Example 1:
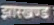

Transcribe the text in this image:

झारखण्ड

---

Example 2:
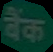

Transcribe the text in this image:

बैंक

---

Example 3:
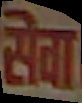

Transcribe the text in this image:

सेवा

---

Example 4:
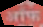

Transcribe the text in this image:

ऑफ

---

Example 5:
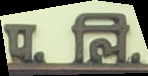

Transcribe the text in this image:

प. लि.